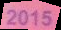
2015